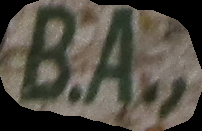
B.A.,